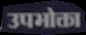
उपभोक्ता